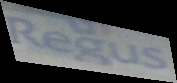
Regus